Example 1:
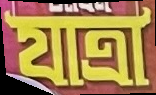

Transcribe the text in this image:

যাত্রা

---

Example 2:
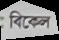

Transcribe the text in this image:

বিকেল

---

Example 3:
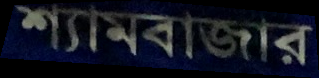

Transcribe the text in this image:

শ্যামবাজার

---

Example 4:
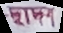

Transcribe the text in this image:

ছাদশ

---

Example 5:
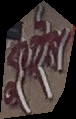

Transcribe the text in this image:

কুইন